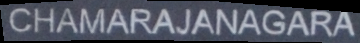
CHAMARAJANAGARA